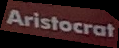
Aristocrat